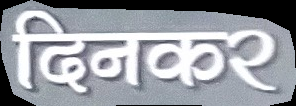
दिनक२